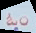
ఓం